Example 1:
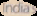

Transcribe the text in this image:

India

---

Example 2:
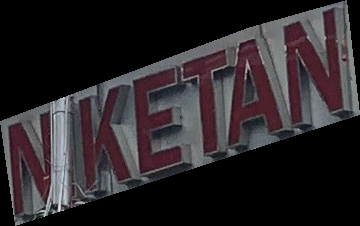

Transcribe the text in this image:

NIKETAN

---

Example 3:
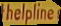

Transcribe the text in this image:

helpline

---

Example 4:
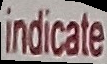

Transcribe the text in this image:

indicate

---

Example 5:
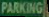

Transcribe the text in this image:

PARKING